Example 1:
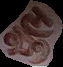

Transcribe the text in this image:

શુભ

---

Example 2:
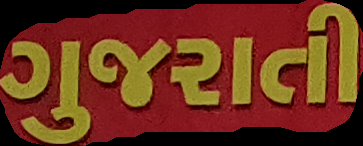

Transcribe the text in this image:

ગુજરાતી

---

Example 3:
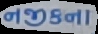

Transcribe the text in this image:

નજીકના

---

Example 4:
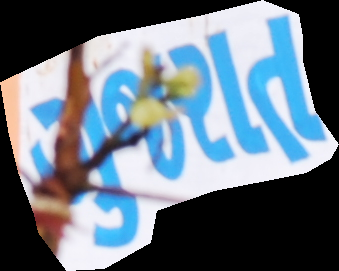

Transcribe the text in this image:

ગુજરાત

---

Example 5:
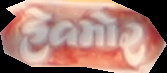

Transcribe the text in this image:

હેવમોર